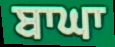
ਬਾਘਾ